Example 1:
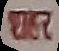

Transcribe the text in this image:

शहर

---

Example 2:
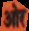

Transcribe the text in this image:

ओर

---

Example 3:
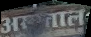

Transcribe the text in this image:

अझवाले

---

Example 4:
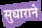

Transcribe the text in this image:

सुधाराने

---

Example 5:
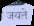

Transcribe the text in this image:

जयते